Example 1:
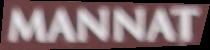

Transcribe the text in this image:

MANNAT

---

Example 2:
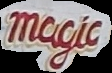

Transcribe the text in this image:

magic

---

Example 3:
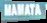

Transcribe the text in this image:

MAMATA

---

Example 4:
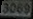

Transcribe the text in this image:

3069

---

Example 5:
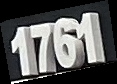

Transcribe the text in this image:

1761